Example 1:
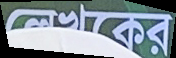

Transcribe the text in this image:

লেখকের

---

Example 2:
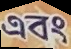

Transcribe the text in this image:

এবং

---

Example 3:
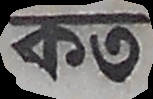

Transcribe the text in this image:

কত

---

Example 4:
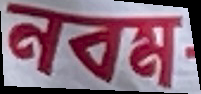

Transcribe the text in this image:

নবম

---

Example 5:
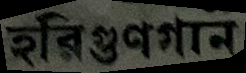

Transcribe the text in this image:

হরিগুণগান